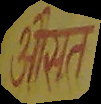
औसत